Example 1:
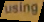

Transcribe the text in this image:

बडवेट्ट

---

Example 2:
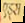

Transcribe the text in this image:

एड्स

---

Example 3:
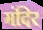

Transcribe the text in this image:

मंदिर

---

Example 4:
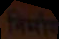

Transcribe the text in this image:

निर्मा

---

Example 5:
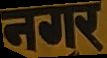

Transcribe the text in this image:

नगर